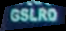
GSLRO